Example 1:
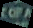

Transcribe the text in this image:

OF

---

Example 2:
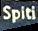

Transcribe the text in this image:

Spiti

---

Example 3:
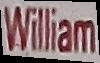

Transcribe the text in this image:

William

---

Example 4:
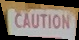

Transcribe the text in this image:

CAUTION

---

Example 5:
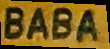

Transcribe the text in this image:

BABA